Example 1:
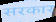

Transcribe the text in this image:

सरकार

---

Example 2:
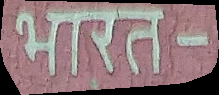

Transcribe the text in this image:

भारत-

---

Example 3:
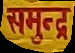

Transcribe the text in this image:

समुन्द्र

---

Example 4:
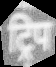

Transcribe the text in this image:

ट्रिप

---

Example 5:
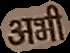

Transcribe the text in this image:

अभी